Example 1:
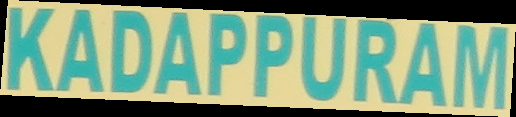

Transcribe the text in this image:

KADAPPURAM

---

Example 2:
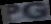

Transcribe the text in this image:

PG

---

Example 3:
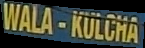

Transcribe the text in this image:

WALA-KULCHA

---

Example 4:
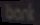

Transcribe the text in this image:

bank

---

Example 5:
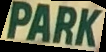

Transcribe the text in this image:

PARK